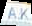
AK